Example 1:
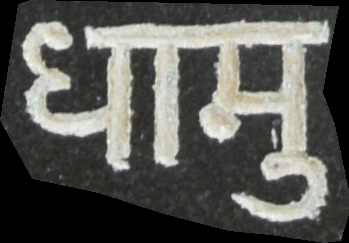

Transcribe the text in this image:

धामु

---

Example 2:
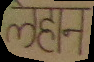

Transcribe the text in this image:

लहान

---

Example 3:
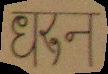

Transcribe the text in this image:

धरून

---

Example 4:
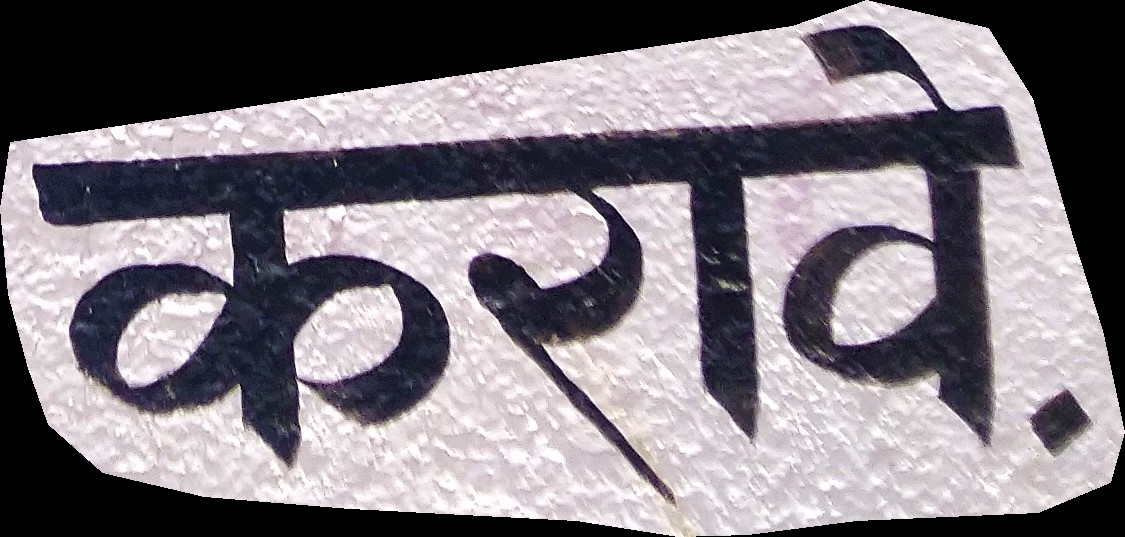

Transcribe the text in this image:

करावे.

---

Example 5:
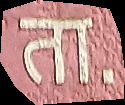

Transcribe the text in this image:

ता.